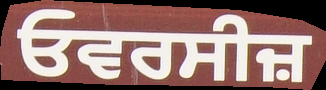
ਓਵਰਸੀਜ਼